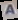
A